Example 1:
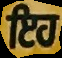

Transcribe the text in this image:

ਇਹ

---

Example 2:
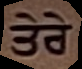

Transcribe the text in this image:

ਤੇਰੇ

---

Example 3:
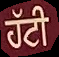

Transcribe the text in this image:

ਹੱਟੀ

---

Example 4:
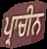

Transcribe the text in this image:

ਪूਾਚੀਨ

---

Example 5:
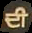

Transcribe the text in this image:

ਦੀ